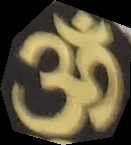
ऊँ